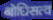
बोधिसत्व